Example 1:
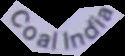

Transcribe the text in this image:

Coalndia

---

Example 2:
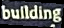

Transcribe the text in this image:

building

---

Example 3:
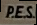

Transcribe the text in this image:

P.E.S.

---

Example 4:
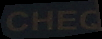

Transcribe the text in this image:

CHEQ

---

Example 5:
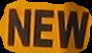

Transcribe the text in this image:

NEW